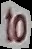
to